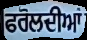
ਫਰੋਲਦੀਆਂ